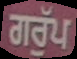
ਗਰੁੱਪ